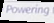
Powering